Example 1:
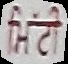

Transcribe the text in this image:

ਮਿंਟੀ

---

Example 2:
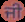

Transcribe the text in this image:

ਜੀ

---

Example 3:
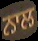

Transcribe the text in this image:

ਨਾਲ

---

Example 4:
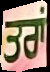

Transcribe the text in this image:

ਤਰਾਂ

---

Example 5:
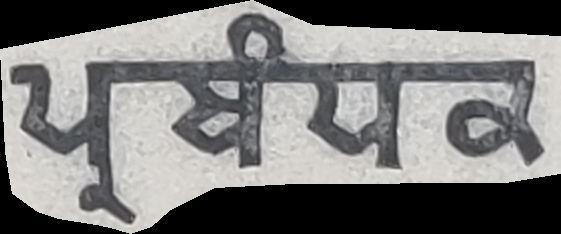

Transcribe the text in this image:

ਪ੍ਰਬੰਧਕ